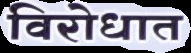
विरोधात